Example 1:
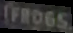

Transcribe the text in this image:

(FROGS.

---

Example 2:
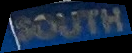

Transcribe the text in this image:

SOUTH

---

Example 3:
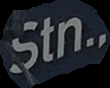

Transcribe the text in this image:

Stn.,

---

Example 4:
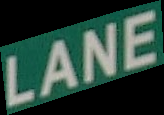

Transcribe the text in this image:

LANE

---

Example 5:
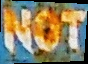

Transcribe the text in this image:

NOT